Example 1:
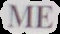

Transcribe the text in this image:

ME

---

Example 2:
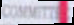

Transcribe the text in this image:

COMMITTE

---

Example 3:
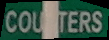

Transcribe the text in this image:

COUTERS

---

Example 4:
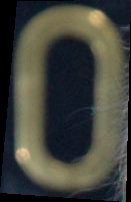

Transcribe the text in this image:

O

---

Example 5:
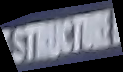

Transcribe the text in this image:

STRUCTURE